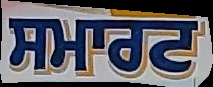
ਸਮਾਰਟ